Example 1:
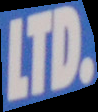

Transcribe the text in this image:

LTD.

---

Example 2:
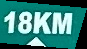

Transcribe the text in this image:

18KM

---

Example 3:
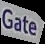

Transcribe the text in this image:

Gate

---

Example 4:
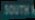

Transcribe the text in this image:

SOUTH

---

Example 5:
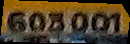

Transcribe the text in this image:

603001